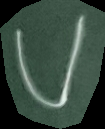
U